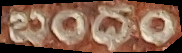
బంధం